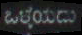
ಒಳೆಯದು